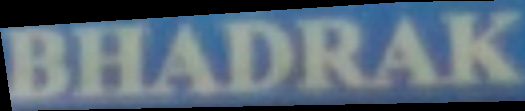
BHADRAK